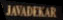
JAVADEKAR